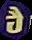
ਹੈ